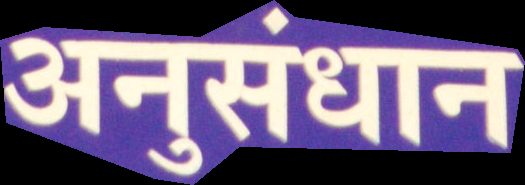
अनुसंधान